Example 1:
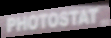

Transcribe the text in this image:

PHOTOSTAT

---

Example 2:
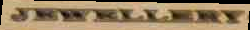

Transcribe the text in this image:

JEWELLERY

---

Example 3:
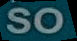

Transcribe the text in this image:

SO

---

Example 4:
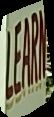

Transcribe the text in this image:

LEARN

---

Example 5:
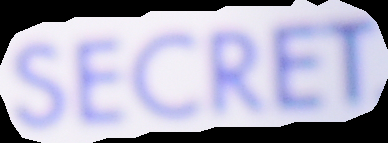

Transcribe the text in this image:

SECRET